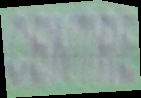
CENTRE